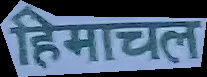
हिमाचल